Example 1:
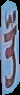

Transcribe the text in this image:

ਤੋਂ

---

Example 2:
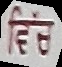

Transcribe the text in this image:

ਵਿੱਚ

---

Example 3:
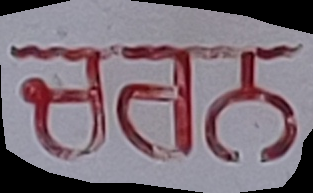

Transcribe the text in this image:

ਚਰਨ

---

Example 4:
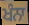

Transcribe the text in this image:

ਖੰਨਾ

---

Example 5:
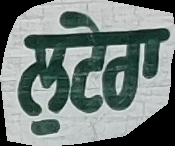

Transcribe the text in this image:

ਲੁਟੇਰ